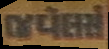
જવેલર્સ